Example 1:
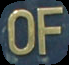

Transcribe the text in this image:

OF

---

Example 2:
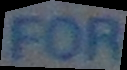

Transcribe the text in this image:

FOR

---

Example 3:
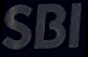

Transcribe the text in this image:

SBI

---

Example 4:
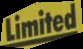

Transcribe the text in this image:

Limited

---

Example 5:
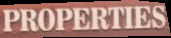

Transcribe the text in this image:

PROPERTIES